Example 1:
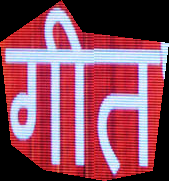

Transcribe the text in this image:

गीत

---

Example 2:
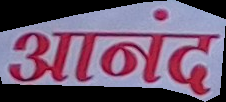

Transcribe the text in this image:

आनंद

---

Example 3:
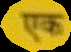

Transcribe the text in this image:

एक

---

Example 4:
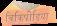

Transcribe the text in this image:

विकिपीडिया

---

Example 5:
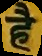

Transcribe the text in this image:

है